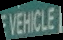
VEHICLE